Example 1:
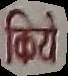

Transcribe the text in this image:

किये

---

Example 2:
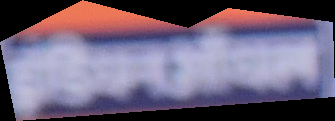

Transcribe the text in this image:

इंडियनऑयल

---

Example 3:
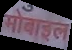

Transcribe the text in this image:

मोबाइल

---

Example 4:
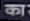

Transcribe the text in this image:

का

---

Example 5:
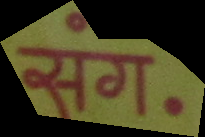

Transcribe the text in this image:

संग.